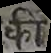
की